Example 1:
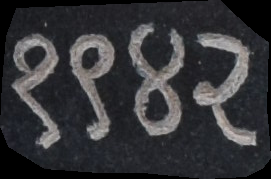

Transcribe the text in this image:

१९४२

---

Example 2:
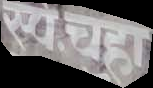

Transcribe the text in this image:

स्पे.चहा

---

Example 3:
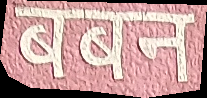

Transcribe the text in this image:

बबन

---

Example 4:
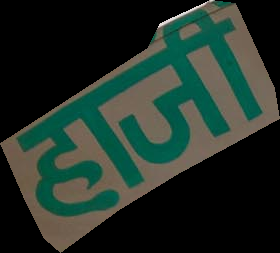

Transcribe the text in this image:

हाजीं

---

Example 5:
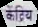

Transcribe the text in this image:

केंद्रिय